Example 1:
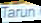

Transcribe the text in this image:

Tarun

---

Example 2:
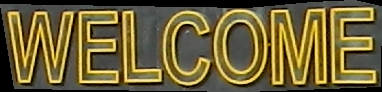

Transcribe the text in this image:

WELCOME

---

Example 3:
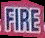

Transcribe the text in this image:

FIRE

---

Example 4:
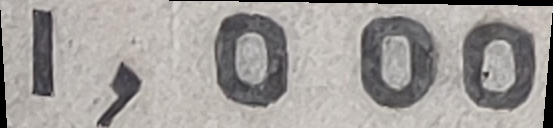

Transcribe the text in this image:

1,000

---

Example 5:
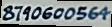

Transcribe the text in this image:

8790600564